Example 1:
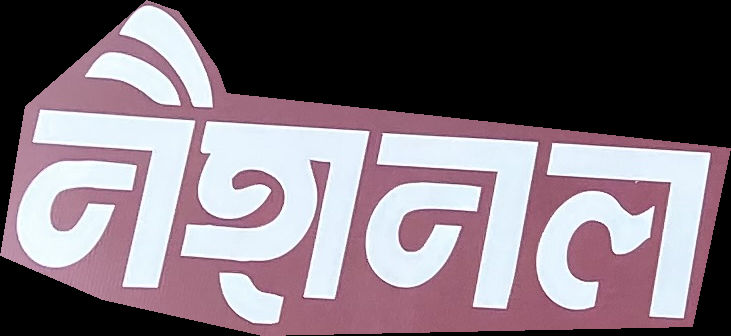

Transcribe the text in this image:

नैशनल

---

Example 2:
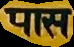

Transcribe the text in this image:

पास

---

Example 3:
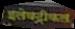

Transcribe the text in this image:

इलेक्ट्रीकल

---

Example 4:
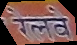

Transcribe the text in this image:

रेलवे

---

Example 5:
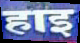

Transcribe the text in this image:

हाइ